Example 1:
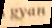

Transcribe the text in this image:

gyan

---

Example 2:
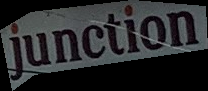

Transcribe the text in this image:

junction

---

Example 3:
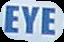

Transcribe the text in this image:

EYE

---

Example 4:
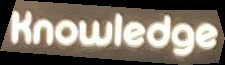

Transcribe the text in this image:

Knowledge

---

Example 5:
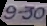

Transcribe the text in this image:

9-30